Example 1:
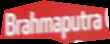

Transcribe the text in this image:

Brahmaputra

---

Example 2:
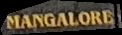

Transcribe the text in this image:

MANGALORE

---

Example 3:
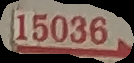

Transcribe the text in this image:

15036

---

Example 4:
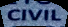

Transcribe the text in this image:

CIVIL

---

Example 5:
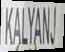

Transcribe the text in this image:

KALYANJ